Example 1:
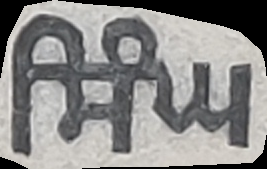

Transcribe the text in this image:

ਸਿੰਘ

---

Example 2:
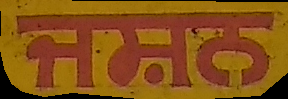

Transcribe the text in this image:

ਜਸ਼ਨ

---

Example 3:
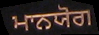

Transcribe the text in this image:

ਮਾਨਯੋਗ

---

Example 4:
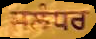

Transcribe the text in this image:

ਜਲੰਧਰ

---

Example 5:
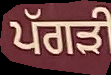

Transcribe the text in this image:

ਪੱਗੜੀ